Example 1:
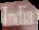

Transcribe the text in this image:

India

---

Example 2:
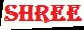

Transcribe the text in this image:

SHREE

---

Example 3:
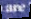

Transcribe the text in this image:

are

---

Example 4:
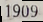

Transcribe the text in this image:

1909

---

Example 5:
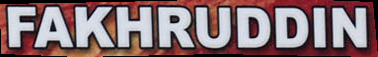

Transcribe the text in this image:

FAKHRUDDIN